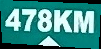
478KM